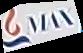
MAX